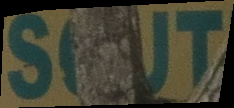
SOUT